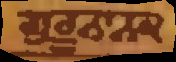
ਗੁਰੂਨਾਨਕ